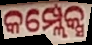
କମ୍ପ୍ଲେକ୍ସ